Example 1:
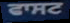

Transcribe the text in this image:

ਫਾਸਟ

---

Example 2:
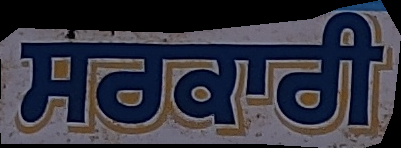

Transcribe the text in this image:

ਸਰਕਾਰੀ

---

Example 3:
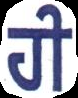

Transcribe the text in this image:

ਹੀ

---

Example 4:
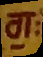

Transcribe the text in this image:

ਗੁ:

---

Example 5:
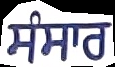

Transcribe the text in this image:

ਸੰਸਾਰ